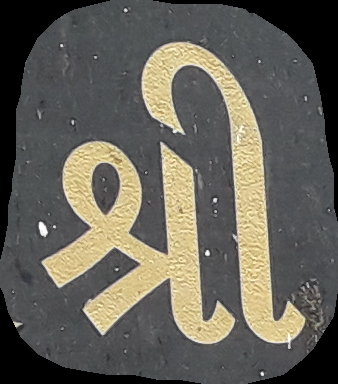
શ્રી